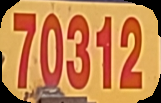
70312